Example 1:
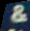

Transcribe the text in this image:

&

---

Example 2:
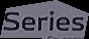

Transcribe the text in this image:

Series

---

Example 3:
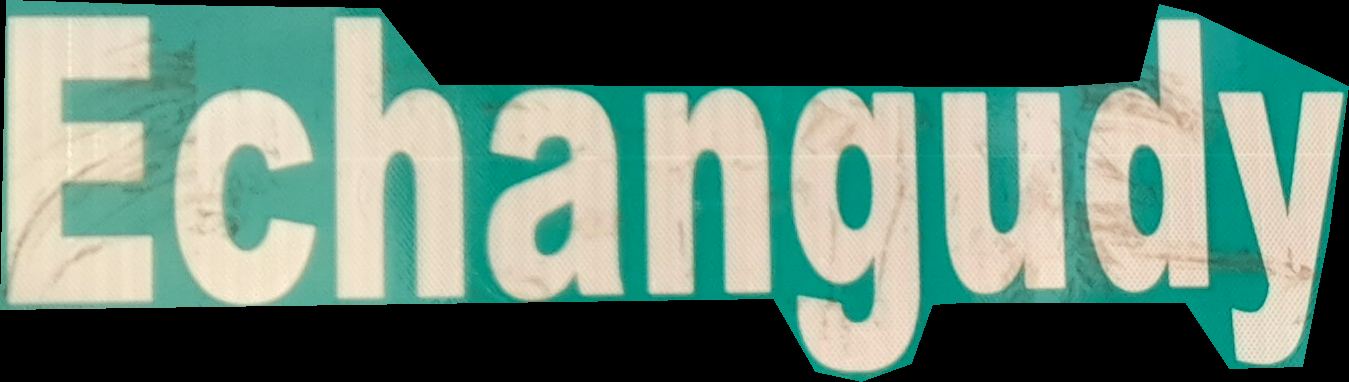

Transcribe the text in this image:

Echangudy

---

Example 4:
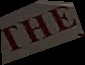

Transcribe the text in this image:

THE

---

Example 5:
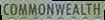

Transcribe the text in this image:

COMMONWEALTH